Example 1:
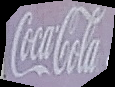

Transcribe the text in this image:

Coca-Cola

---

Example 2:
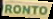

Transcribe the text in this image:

RONTO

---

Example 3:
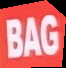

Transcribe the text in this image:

BAG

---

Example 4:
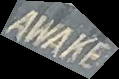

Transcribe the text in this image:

AWAKE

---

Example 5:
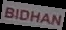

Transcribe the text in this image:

BIDHAN